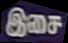
இசை